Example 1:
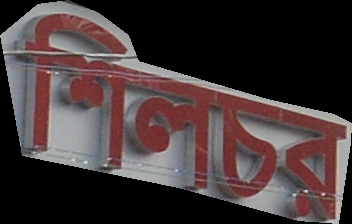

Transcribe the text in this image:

শিলচর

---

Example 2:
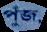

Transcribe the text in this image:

পূজা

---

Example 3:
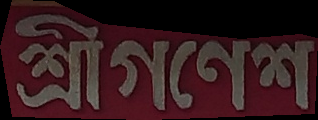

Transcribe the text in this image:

শ্ৰীগণেশ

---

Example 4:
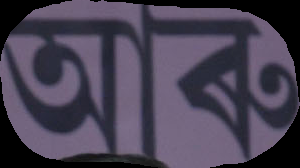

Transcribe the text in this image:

আৰু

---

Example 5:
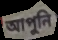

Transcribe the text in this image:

আপুনি